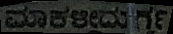
ಮಾಕಳೀಮರ್ಗ